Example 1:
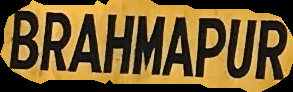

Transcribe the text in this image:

BRAHMAPUR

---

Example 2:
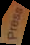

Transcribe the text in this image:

Press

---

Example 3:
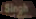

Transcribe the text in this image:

Singh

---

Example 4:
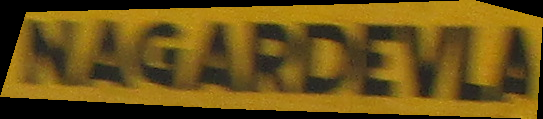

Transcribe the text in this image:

NAGARDEVLA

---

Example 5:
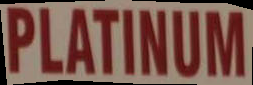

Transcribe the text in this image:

PLATINUM